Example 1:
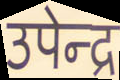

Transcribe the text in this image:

उपेन्द्र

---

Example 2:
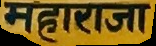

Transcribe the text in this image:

महाराजा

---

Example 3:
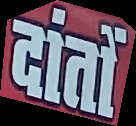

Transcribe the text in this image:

दांतों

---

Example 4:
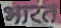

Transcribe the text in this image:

भारत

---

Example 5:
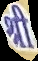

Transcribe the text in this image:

श्री